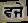
ਵਜੇ